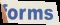
forms